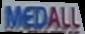
MEDALL